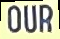
OUR